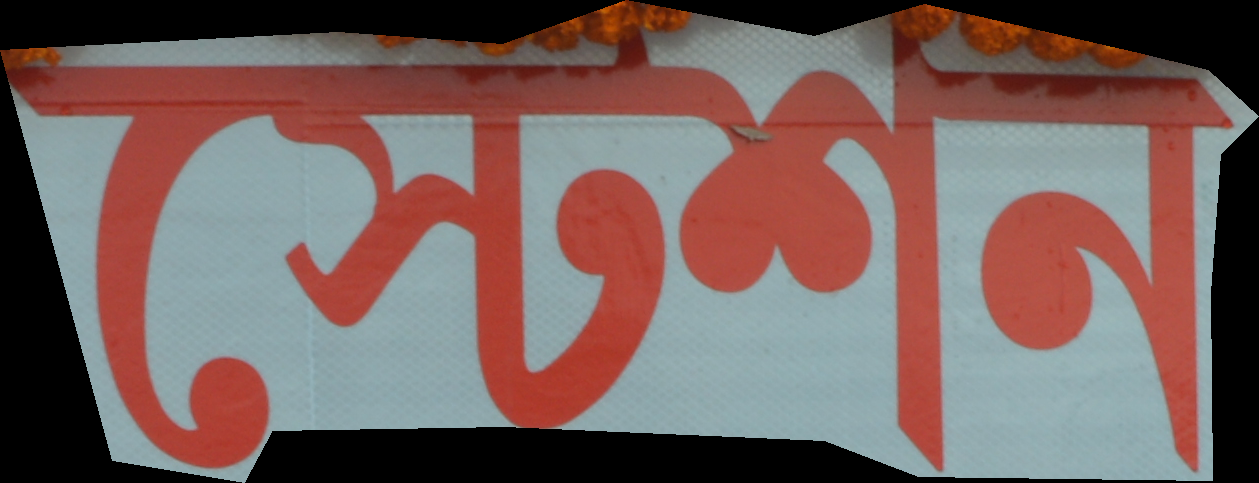
স্টেশন